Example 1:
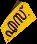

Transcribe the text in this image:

എസ്‌.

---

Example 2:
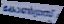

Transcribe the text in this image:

കോൺ‌ഗ്രസ്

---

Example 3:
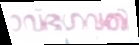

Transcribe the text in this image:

രവ്ഭഗവതി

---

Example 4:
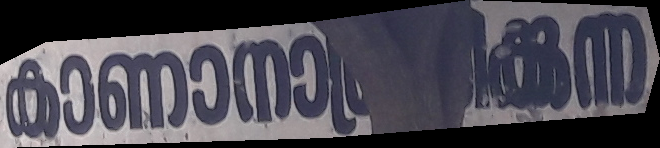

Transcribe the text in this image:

കാണാനാക്കുന്ന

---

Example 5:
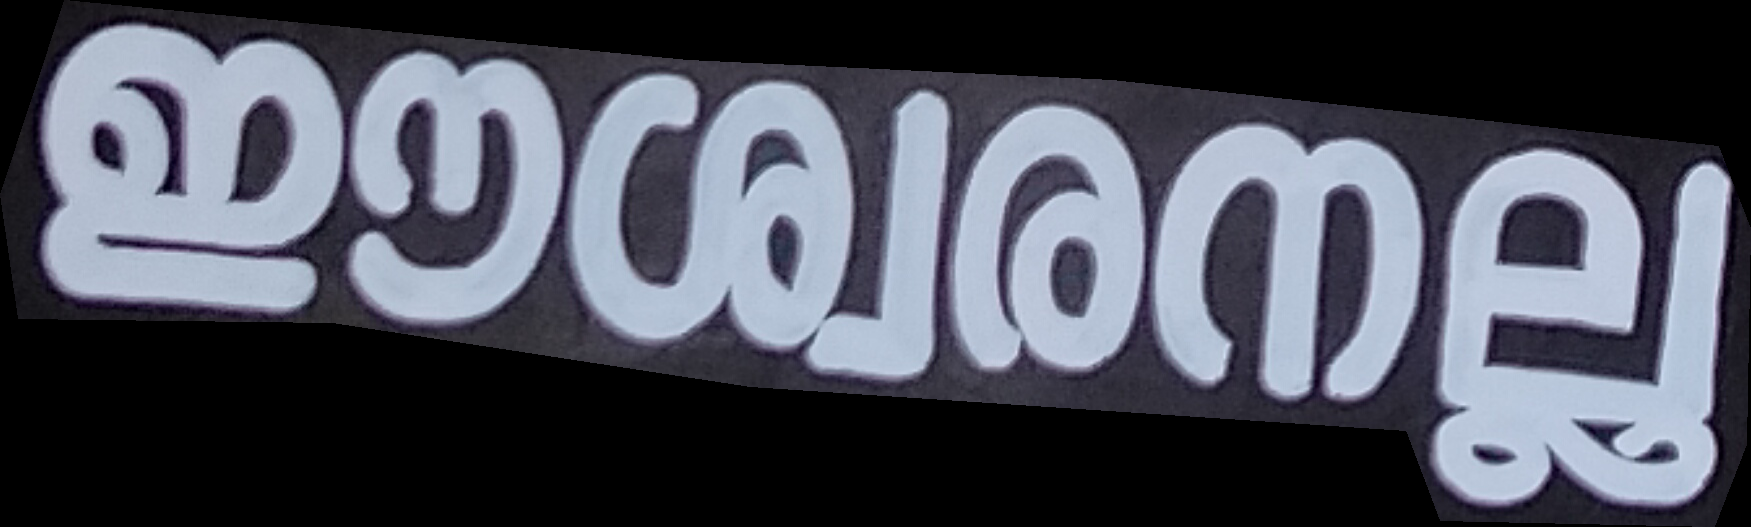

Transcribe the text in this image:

ഈശ്വരനല്ല